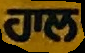
ਹਾਲ